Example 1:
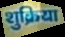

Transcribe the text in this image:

शुक्रिया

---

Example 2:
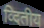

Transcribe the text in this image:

व्दितीय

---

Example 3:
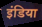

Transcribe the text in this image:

इंडिया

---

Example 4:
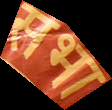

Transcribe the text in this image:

सभा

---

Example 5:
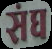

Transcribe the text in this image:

संघ